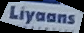
Liyaans